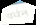
वर्धन